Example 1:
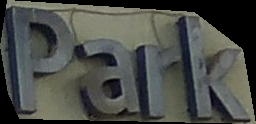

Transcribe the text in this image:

Park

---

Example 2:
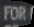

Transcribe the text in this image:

FOR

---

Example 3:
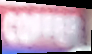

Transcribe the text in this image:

COFFEE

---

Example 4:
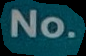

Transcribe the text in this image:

No.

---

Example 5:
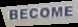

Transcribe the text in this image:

BECOME